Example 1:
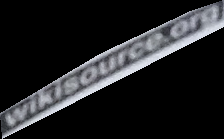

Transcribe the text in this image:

wikisource.org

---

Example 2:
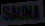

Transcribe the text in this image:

SAUNA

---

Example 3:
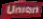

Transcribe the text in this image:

Union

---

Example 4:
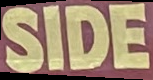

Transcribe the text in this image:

SIDE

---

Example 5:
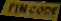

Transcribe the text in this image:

PINCODE